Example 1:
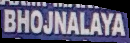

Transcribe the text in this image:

BHOJNALAYA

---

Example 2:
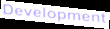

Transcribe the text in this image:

Development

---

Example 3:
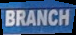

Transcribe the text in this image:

BRANCH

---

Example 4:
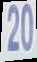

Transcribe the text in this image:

20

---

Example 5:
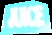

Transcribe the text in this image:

JUICE